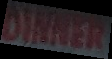
DINNER